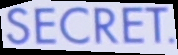
SECRET.